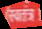
स्वतंत्र